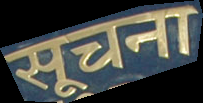
सूचना